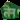
लेन